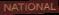
NATIONAL